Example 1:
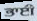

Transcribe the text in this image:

ਭਾਈ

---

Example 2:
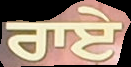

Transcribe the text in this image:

ਰਾਏ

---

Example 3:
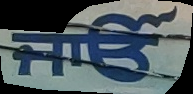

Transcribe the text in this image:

ਜਾਓ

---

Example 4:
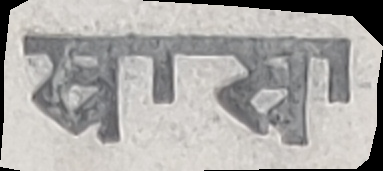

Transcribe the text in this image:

ਬਾਬਾ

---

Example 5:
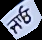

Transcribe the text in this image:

ਜਾਓ